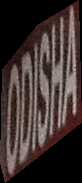
ODISHA